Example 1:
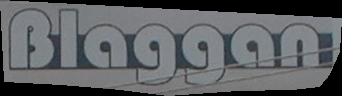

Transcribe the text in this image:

Blaggan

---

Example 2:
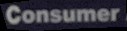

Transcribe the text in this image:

Consumer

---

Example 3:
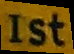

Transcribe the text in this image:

Ist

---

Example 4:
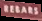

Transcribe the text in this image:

REBARS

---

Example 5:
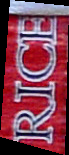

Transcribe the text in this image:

RICE